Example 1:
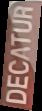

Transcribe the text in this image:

DECATUR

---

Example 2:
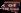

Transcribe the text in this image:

OF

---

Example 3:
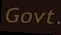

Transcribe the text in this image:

Govt.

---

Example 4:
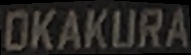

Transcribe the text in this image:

OKAKURA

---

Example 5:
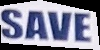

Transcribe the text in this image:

SAVE